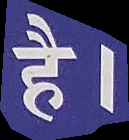
है।